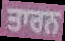
ਤਾਰਨ